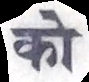
को